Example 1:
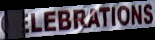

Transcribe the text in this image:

CELEBRATIONS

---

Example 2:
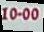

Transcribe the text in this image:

10-00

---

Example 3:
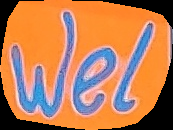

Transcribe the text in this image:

Wel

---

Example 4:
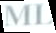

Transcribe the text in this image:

ML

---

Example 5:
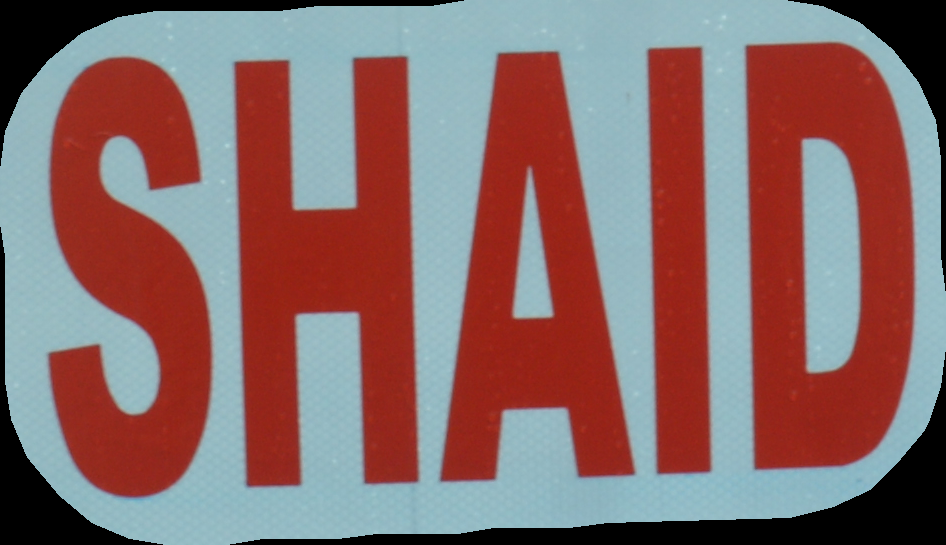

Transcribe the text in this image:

SHAID